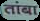
तांबा